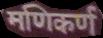
मणिकर्ण